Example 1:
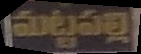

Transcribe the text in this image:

మట్టపల్లి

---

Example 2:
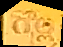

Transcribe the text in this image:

గొల్ల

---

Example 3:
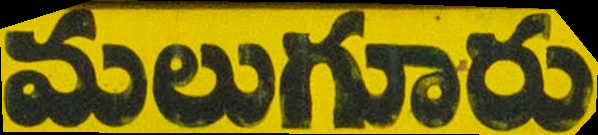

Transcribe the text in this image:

మలుగూరు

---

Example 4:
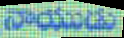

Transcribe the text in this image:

నాయుడు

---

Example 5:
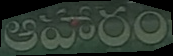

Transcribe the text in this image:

ఆహారం